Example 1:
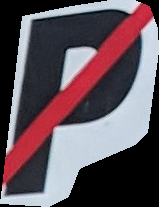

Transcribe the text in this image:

ਪਲਾਂਸਟਰ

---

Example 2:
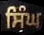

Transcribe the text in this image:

ਮਿੰਘ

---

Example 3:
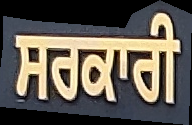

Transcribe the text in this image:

ਸਰਕਾਰੀ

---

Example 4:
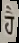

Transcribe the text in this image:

ਹੈ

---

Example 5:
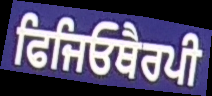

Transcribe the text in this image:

ਫਿਜਿਓਥੈਰਪੀ